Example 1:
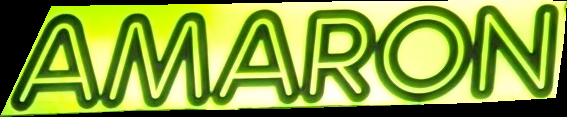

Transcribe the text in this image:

AMARON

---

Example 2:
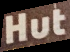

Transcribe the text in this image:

Hut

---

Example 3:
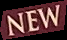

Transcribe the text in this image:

NEW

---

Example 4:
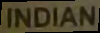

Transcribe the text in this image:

INDIAN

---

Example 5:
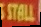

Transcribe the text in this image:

STALL